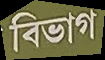
বিভাগ